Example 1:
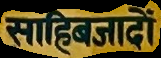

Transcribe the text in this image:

साहिबजादों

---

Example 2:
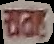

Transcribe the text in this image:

सतह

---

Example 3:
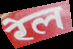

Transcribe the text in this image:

रेल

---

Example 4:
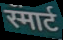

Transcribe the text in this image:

स्‍मार्ट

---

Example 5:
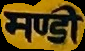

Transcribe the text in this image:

मण्डी